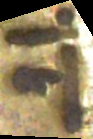
नं